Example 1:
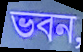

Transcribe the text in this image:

ভবন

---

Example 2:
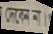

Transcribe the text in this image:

দেবেন না।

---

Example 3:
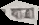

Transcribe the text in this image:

যাত্রা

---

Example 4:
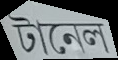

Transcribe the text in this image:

টানেল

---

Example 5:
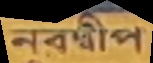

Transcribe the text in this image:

নবদ্বীপ